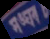
সঙ্ঘৰ